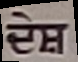
ਦੇਸ਼